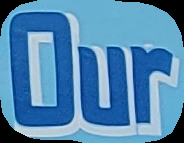
Our